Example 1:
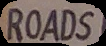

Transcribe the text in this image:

ROADS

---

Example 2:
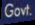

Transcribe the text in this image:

Govt.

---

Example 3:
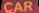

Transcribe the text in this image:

CAR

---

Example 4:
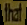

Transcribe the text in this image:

that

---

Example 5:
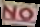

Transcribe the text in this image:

NO